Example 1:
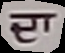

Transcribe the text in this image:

ਦਾ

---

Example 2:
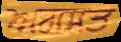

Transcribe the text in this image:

ਅਗਸਤ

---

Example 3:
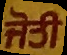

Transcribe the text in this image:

ਜੋਤੀ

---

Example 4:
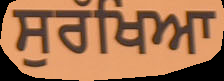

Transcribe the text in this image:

ਸੁਰਖਿਆ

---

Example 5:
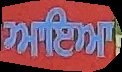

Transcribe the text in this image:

ਆਇਆ